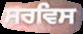
ਸਰਵਿਸ